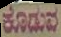
ಕೊಡುವ